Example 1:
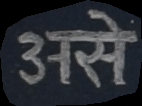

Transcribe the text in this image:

असे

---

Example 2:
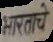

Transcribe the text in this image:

भारताचे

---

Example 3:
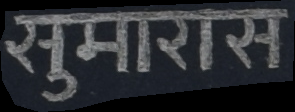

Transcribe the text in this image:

सुमारास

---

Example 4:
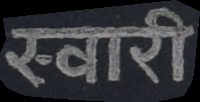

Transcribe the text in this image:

स्वारी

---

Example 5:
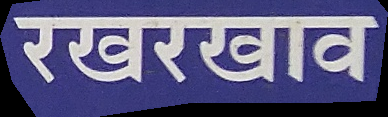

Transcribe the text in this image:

रखरखाव